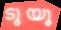
ടുയു